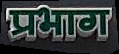
प्रभाग